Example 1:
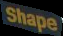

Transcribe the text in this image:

Shape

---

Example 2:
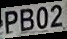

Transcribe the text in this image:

PB02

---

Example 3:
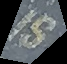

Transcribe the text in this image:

IS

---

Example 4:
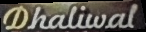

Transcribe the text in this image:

Dhaliwal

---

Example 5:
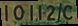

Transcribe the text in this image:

10112/C